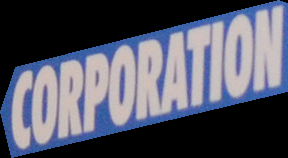
CORPORATION